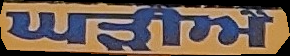
ਘੜੀਐ